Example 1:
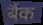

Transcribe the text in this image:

बैंक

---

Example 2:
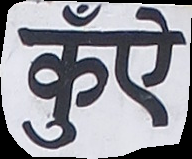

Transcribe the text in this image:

कुँऐ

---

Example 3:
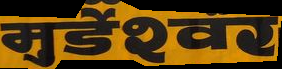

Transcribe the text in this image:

मुर्डेश्वर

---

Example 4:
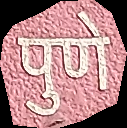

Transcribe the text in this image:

पुणे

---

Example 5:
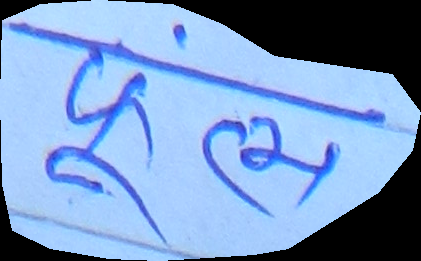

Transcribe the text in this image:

फूंल